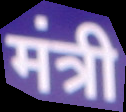
मंत्री